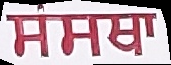
ਸਸਥਾ